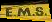
E.M.S.